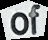
of